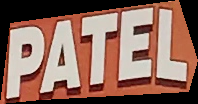
PATEL